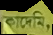
কাদেমি,